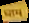
धाम